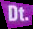
Dt.